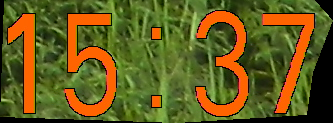
15:37